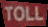
TOLL